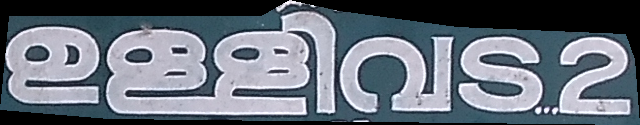
ഉള്ളിവടമ